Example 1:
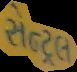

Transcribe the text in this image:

સેન્ટ્રલ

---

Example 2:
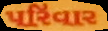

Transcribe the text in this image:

પરિવાર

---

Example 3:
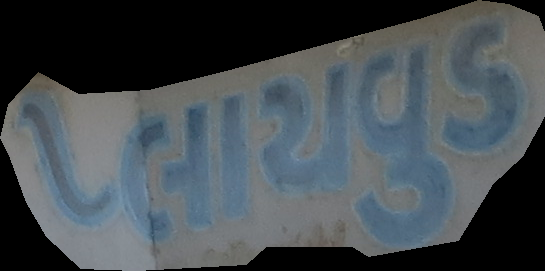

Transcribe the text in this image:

પ્લાયવુડ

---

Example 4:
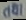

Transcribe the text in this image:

તથા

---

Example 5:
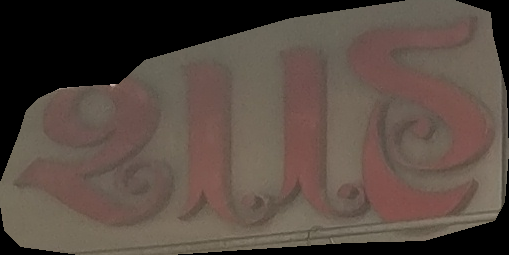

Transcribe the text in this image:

શાહ